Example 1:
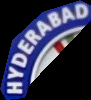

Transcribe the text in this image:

HYDERABAD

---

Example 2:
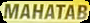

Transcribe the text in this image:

MAHATAB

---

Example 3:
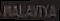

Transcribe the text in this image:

MALAVIYA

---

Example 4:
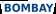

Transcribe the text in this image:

BOMBAY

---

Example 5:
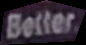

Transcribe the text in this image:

Better